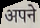
अपने